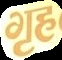
गृह